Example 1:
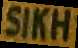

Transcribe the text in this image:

SIKH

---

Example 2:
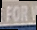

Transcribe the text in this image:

FOR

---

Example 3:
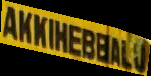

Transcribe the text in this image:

AKKIHEBBALJ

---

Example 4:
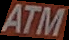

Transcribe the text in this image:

ATM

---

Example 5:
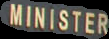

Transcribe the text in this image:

MINISTER